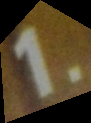
1.